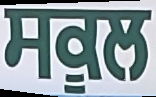
ਸਕੂਲ